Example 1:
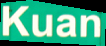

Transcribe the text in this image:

Kuan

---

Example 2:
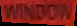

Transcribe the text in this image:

WINDOW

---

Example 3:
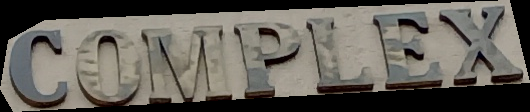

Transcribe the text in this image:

COMPLEX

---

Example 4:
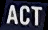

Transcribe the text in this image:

ACT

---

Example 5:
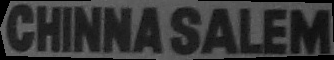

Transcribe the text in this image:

CHINNASALEM